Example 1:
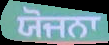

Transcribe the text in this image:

ਯੋਜਨਾ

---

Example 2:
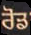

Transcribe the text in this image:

ਰੋਡ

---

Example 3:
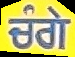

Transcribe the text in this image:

ਚੰਗੇ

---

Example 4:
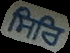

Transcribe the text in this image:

ਸਿਰਿ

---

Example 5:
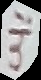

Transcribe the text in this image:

ਤੋਂ